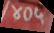
४०५